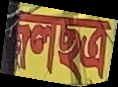
জলছত্র